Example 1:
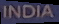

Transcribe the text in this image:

INDIA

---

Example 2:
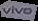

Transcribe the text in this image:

vivo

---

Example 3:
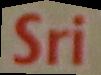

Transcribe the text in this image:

Sri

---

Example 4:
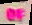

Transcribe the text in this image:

OF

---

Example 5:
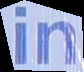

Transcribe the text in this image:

in